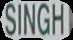
SINGH